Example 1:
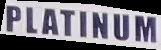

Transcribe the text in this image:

PLATINUM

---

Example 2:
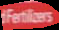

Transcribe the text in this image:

Fertilizers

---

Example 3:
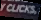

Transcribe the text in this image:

CLICKS,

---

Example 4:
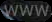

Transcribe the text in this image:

WWW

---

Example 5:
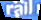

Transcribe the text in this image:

rail